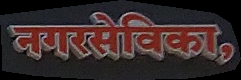
नगरसेविका,